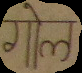
गोल